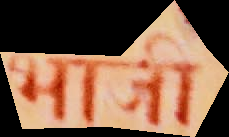
भाजी